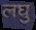
लघु